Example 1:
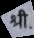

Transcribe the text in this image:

श्री.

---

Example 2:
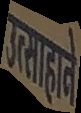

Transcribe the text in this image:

उत्साहाने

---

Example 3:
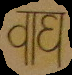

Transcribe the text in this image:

वाघ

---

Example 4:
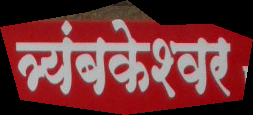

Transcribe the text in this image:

त्र्यंबकेश्वर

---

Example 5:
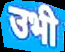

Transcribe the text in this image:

उभी